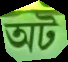
অট